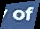
of